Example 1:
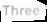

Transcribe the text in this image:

Three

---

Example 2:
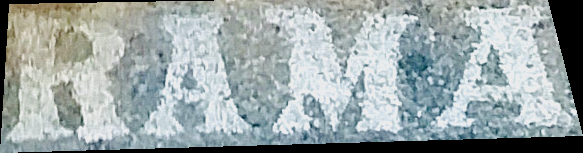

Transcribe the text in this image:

RAMA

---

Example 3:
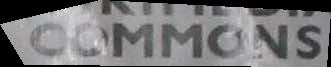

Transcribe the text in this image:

COMMONS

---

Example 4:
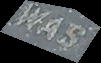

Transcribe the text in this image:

WAS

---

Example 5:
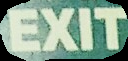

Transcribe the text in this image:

EXIT